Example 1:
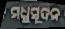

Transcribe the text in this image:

ମଧୁସୂଦନ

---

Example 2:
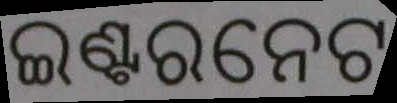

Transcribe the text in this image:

ଇଣ୍ଟରନେଟ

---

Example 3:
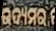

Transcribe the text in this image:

ଉଦ୍ୟମର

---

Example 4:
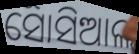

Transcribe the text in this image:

ସୋସିଆଳ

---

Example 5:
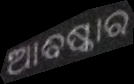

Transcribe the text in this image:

ଆବଷ୍କାର